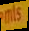
mls